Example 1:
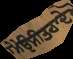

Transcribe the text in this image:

ਮੈਉਸੀਤਰਾਦੇ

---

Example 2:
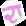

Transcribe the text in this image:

ਦਾ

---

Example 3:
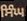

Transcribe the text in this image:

ਸਿੰਘ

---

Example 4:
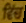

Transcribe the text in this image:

ਵਿਚ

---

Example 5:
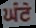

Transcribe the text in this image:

ਘੰਟੇ